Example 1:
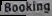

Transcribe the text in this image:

Booking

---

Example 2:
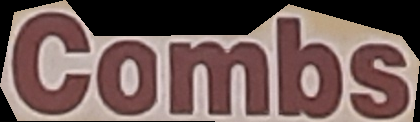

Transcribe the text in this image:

Combs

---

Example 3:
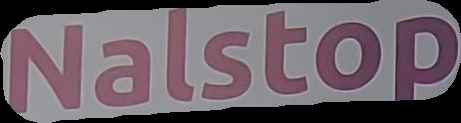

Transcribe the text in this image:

Nalstop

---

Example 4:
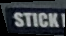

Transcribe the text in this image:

STICK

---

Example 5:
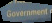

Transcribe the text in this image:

Government